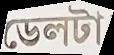
ডেলটা